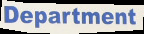
Department